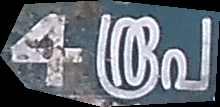
4 രൂ